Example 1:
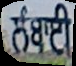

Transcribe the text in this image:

ਲੰਬਾਈ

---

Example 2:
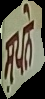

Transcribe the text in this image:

ਸ਼ਪਨੇ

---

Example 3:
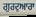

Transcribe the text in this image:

ਗੁਰਦੁਆਰਾ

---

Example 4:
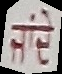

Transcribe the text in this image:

ਜਾਏ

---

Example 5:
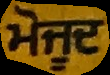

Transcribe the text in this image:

ਮੋਜੂਦ